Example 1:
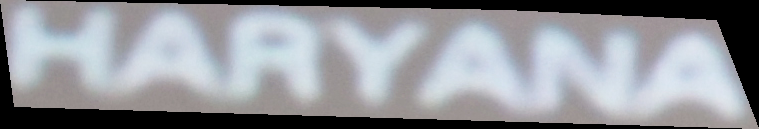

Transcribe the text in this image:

HARYANA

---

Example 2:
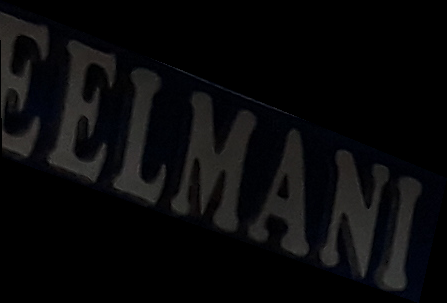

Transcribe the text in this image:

EELMANI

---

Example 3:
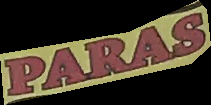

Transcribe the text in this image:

PARAS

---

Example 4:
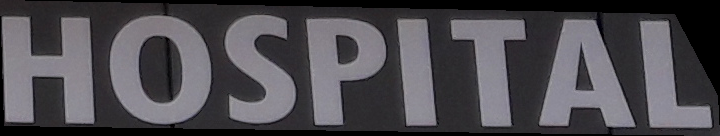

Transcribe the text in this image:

HOSPITAL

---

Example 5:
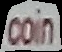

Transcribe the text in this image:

coin